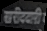
खरीददारी